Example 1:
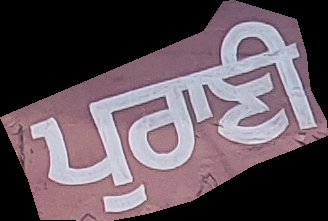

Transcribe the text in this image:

ਪੁਰਾਣੀ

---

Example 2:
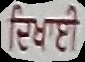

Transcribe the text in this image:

ਦਿਖਾਈ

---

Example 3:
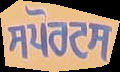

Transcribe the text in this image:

ਸਪੋਰਟਸ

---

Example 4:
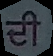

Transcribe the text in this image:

ਦੀ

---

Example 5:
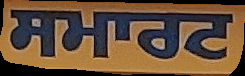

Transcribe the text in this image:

ਸਮਾਰਟ